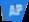
AP